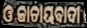
ଓ ଜାତୀୟବାଦୀ